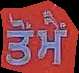
ਤੋਂਮੈਂ